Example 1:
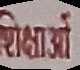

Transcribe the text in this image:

शिक्षाओँ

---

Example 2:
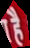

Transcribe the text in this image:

है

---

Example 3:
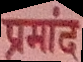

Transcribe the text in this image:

प्रमांद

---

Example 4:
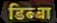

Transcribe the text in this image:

डिब्‍बा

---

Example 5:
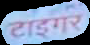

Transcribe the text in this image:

टाइगर